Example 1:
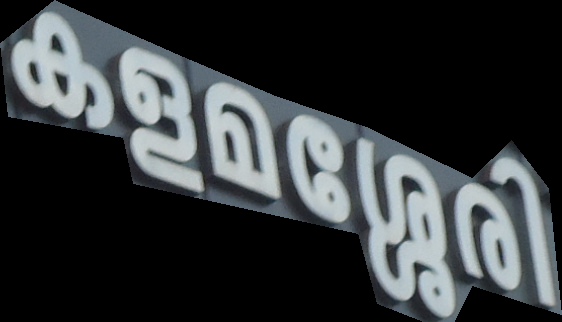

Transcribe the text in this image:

കളമശ്ശേരി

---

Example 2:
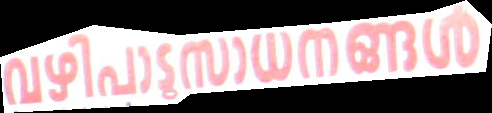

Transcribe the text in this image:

വഴിപാടുസാധനങ്ങൾ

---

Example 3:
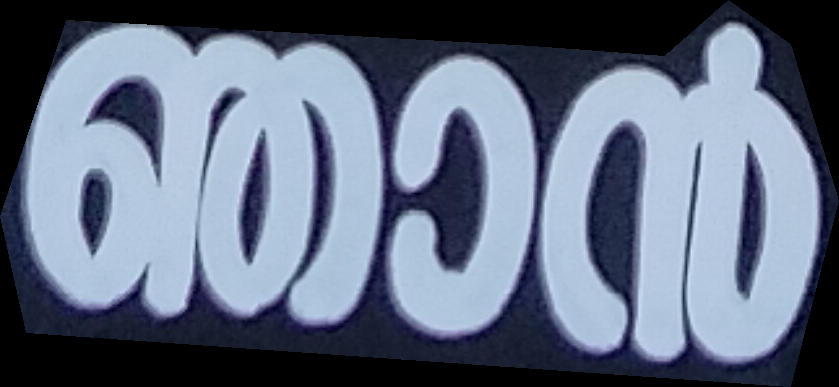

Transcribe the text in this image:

ഞാൻ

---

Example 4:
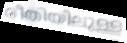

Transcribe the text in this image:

രീതിയിലുള്ള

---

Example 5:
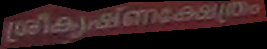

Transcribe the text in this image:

ശ്രീകൃഷ്‌ണക്ഷേത്രം